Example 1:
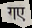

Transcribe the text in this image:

गए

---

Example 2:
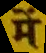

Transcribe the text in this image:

में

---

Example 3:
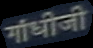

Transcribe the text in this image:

गांधीजी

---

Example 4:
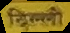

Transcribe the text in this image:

दिल्ली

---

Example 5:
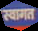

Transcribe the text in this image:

स्वागत